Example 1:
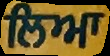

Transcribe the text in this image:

ਲਿਆ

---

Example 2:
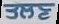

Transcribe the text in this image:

ਤਲਣ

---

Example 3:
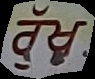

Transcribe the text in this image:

ਰੁੱਖ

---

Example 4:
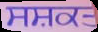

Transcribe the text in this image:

ਸਸ਼ਕਤ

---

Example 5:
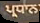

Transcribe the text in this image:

ਪ੍ਰਧਾਨ